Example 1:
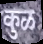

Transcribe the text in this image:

कुळ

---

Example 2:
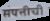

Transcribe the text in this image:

संपत्तीची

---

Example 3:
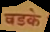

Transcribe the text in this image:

वडके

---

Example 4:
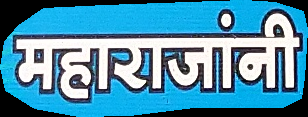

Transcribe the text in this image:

महाराजांनी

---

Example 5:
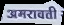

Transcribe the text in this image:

अमरावती